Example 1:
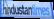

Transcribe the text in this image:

hindustantimes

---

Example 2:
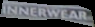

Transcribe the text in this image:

INNERWEAR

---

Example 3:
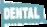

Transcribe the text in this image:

DENTAL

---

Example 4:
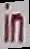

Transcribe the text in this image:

in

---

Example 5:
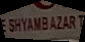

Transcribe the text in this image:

SHYAMBAZART